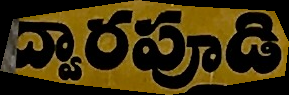
ద్వారపూడి